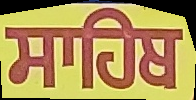
ਸਾਹਿਬ